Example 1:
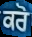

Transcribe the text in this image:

ਕਰੋ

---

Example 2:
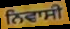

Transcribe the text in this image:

ਨਿਵਾਸੀ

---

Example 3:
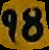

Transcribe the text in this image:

੧8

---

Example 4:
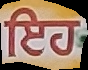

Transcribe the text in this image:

ਇਹ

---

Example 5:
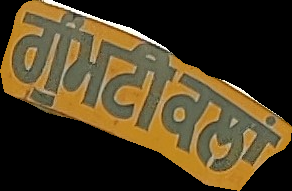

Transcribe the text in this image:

ਗੁਮਟੀਕਲਾਂ